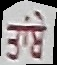
ਤਾਂਬੇ